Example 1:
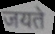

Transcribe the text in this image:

जयते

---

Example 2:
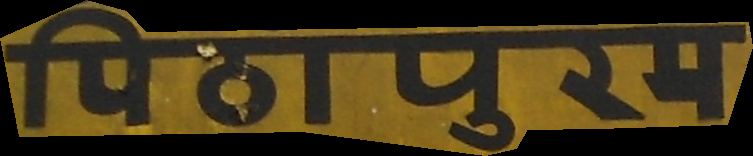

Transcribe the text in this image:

पिठापुरम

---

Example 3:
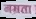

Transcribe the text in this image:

नम्रता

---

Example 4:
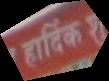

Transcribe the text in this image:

हार्दिक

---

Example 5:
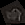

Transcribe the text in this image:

की